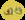
এণ্ড